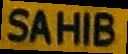
SAHIB